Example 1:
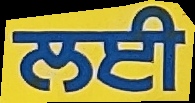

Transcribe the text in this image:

ਲਈ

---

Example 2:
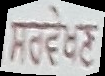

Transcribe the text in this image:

ਸਰਵੇਖਣ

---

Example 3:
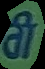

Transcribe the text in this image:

ਰੀ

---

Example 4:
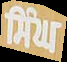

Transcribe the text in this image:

ਸਿੰਘ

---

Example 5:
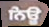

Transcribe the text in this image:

ਨਿਊ